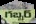
గబ్సర్